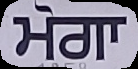
ਮੋਗਾ